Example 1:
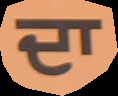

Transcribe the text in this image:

ਦਾ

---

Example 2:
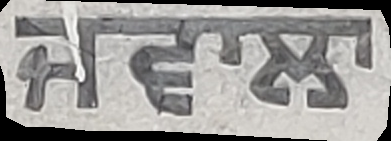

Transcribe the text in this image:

ਜਵਾਲਾ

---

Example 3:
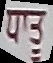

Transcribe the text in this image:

ਧਾਤੂ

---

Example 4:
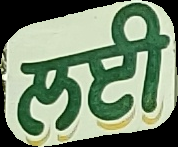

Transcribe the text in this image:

ਲਈ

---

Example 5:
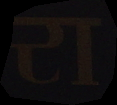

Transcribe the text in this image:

ਦਾ